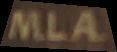
MLA